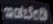
ಇಡಬೇಡಿ